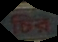
চির